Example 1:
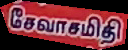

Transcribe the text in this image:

சேவாசமிதி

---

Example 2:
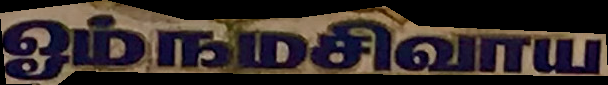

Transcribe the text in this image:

ஓம் நமசிவாய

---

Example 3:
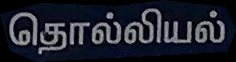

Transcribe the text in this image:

தொல்லியல்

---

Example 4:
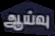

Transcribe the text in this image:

ஆய்வு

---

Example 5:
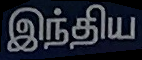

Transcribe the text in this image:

இந்திய